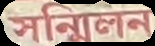
সন্মিলন